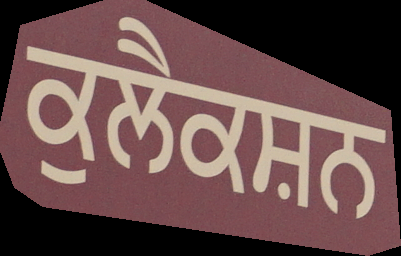
ਕੁਲੈਕਸ਼ਨ